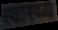
स्वास्थ्य